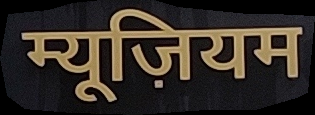
म्यूज़ियम